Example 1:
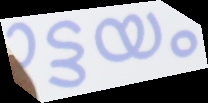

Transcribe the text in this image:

റട്ടയം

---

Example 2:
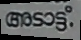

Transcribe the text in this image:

അടാട്ട്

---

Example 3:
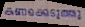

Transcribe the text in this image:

കണക്കെടുത്തു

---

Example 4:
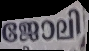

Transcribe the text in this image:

ജോലി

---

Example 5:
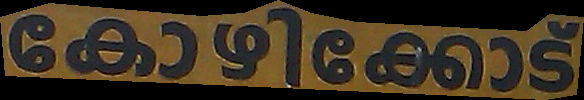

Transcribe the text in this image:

കോഴിക്കോട്